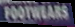
FOOTWEARS